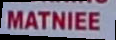
MATNIEE